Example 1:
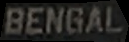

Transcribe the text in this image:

BENGAL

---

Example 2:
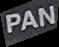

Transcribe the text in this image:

PAN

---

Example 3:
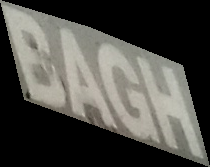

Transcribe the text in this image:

BAGH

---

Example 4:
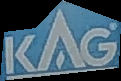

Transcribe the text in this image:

KAG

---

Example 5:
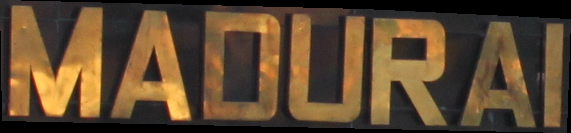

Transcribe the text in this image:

MADURAI